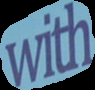
with